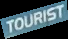
TOURIST